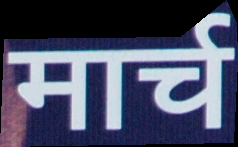
मार्च